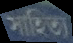
সাহিত্য